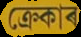
ক্ৰেকাৰ